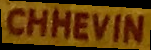
CHHEVIN